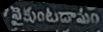
వైకుంటదామం